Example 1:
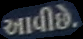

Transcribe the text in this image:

આવીછે.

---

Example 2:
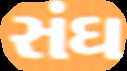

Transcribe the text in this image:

સંઘ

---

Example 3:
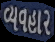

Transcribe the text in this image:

વ્યવહા૨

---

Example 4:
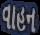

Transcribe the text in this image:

વાહન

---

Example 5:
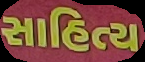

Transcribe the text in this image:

સાહિત્ય